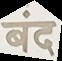
बंद